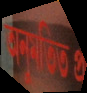
অনুমতিত